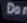
Do